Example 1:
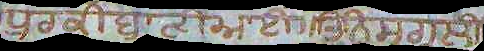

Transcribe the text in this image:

ਧੁਰਕੀਬਾਡ਼ੀਆਈ॥ਤਿਨਿਸਗਲੀ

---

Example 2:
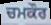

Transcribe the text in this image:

ਚਮਕੌਰ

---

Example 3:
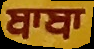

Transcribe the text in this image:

ਬਾਬਾ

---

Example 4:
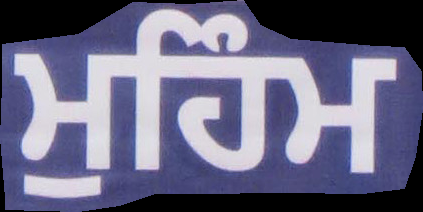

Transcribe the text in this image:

ਮੁਇੰਮ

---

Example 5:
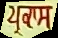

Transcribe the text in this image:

ਪ੍ਰਕਾਸ